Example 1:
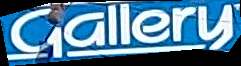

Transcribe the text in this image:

Gallery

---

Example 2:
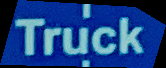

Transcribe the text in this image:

Truck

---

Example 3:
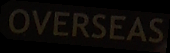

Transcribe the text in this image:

OVERSEAS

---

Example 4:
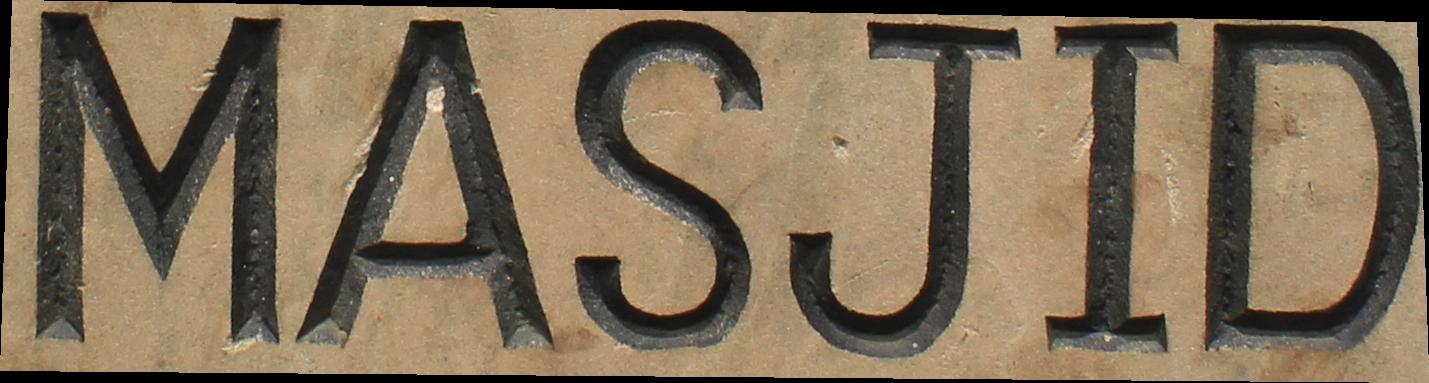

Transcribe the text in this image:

MASJID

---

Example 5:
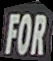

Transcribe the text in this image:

FOR